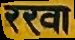
ररवा